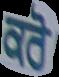
ਕਰੋ